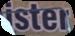
ister